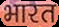
भारत